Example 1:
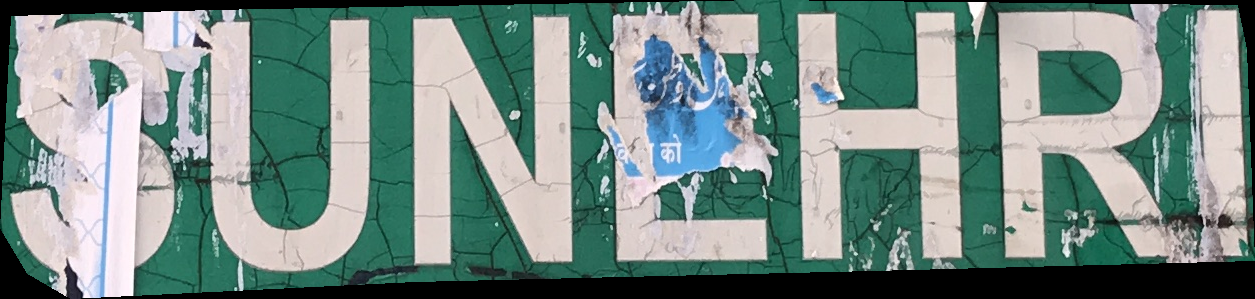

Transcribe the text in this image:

SUNEHRI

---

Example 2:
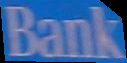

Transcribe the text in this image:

Bank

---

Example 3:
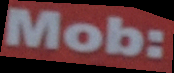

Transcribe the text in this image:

Mob:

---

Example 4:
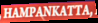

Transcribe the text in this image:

HAMPANKATTA,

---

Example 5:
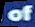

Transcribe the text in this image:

of